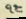
੧੮